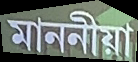
মাননীয়া